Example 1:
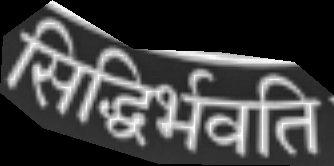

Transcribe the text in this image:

सिद्धिर्भवति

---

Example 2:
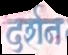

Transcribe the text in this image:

दर्शन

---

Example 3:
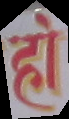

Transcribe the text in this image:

हा॓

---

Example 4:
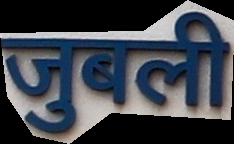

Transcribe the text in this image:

जुबली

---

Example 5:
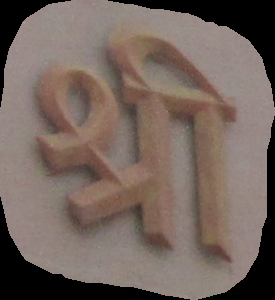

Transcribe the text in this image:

श्री